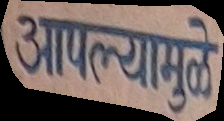
आपल्यामुळे